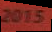
2015